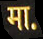
मा.